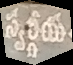
స్వర్గీయ